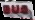
BUS